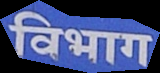
विभाग